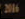
2016